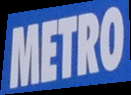
METRO